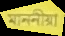
মাননীয়া